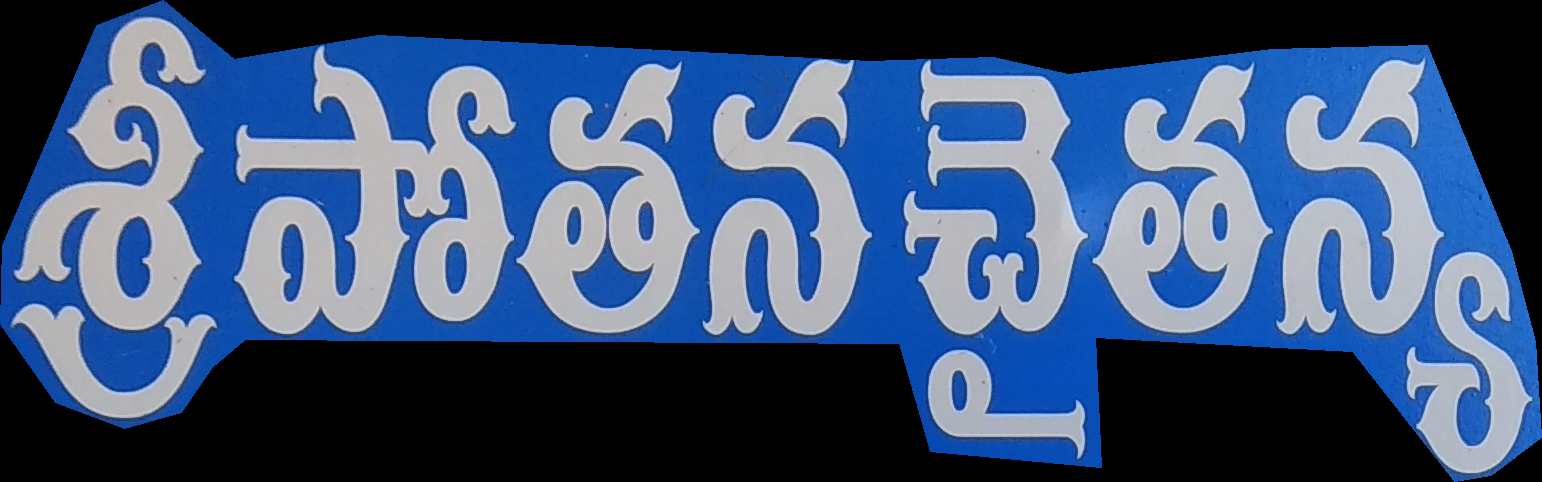
శ్రీపోతనచైతన్య